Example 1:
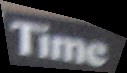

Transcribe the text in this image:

Time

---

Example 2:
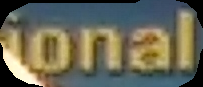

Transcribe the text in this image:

ional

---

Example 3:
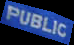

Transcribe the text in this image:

PUBLIC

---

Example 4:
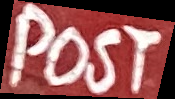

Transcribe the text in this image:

POST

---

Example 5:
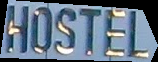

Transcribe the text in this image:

HOSTEL